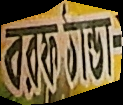
বরফ ঠান্ডা-